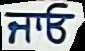
ਜਾਓ